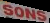
SONS